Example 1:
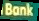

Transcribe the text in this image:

Bank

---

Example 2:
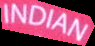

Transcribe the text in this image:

INDIAN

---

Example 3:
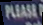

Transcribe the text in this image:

PLEASE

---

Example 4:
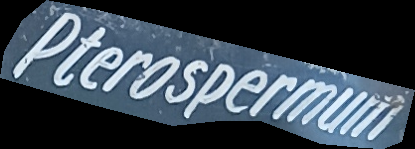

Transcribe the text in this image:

Pterospermum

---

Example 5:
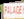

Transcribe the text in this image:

PALAGE